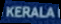
KERALA